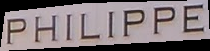
PHILIPPE